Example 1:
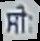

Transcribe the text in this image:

ਸੀ:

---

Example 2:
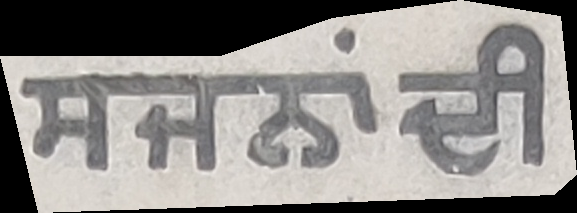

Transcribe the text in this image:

ਸਜਨਾਂਦੀ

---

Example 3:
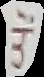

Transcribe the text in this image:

ਤੋਂ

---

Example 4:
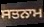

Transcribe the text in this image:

ਸਤਨਾਮ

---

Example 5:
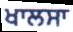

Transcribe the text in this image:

ਖਾਲਸਾ